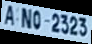
A:NO-2323